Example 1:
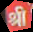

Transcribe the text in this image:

श्री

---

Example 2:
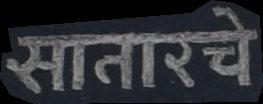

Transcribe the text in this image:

सातारचे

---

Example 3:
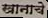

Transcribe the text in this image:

खानाचे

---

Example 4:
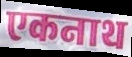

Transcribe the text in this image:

एकनाथ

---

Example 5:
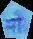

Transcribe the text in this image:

सौ.